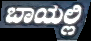
ಬಾಯಲ್ಲಿ